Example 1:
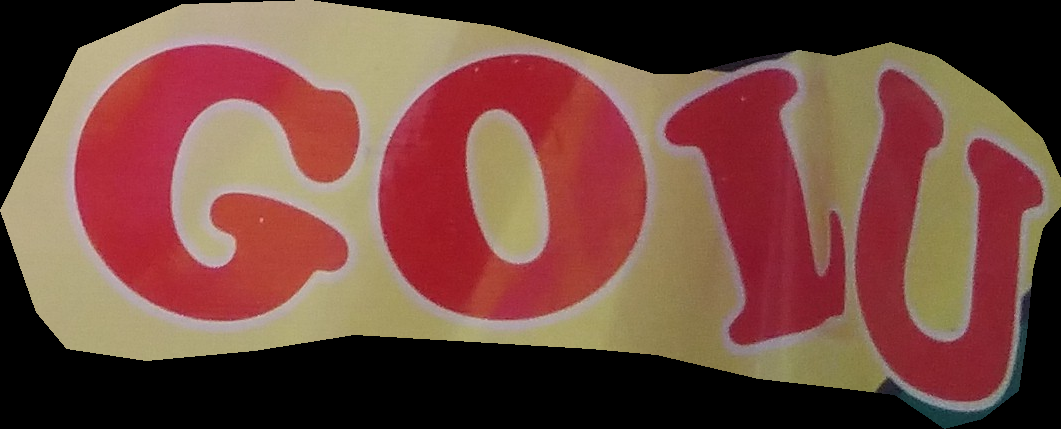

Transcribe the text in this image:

6010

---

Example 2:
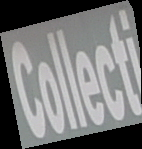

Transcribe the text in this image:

Collecti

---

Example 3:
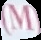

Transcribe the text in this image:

(M)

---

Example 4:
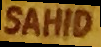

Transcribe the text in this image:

SAHID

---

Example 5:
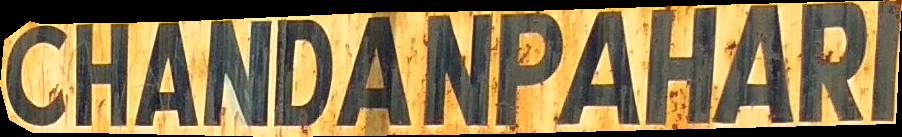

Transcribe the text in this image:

CHANDANPAHARI